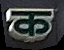
क